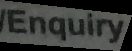
/Enquiry